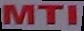
MTI